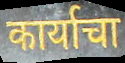
कार्याचा